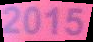
2015